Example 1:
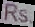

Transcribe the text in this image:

Rs.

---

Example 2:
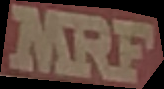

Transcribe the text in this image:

MRF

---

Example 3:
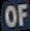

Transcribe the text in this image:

OF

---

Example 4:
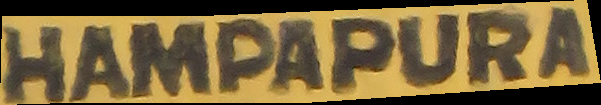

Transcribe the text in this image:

HAMPAPURA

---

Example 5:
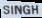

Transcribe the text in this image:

SINGH